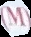
(M)